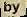
by